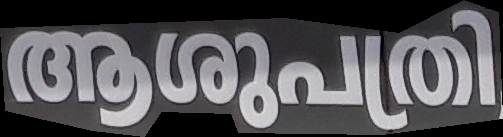
ആശുപത്രി